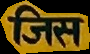
जिस